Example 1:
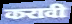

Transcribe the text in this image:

करावी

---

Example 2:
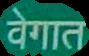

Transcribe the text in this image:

वेगात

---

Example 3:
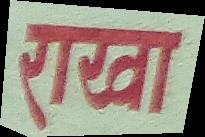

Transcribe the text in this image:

राखा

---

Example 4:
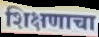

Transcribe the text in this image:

शिक्षणाचा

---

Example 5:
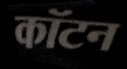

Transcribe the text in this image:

कॉटन